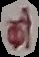
काे